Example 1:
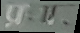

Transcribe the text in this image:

प्र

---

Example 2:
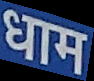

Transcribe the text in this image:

धाम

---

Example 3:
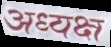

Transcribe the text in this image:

अध्यक्ष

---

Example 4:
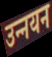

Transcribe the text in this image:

उन्नयन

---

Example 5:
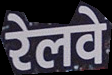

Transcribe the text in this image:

रेलवे